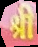
श्री